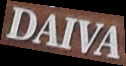
DAIVA